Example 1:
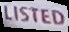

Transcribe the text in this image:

LISTED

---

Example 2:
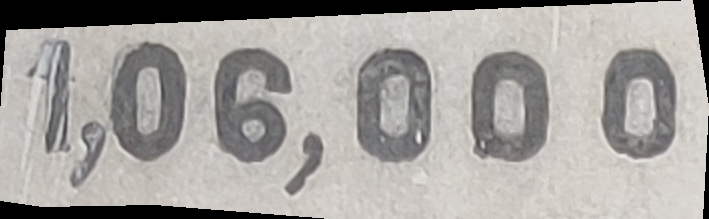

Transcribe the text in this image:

1,06,000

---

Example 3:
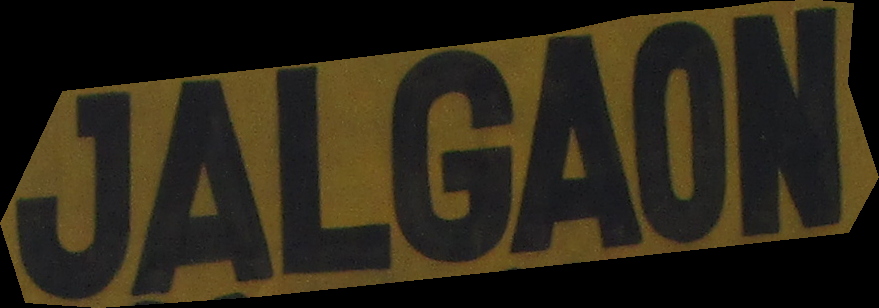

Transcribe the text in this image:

JALGAON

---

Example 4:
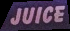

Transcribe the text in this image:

JUICE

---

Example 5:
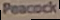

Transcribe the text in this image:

Peacock